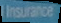
Insurance